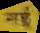
नई